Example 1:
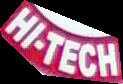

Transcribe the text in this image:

HI-TECH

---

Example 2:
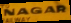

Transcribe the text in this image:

NAGAR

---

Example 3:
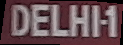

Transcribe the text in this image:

DELHI-1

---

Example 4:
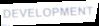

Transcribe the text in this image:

DEVELOPMENT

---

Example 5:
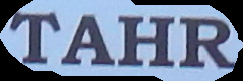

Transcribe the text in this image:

TAHR